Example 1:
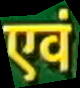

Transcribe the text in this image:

एवं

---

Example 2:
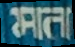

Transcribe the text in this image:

मत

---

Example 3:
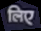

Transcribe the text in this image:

लिए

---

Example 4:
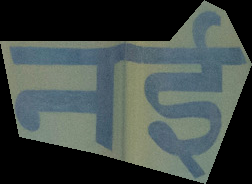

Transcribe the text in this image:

नई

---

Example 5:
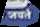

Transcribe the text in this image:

जयते